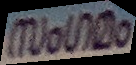
സംഗമം